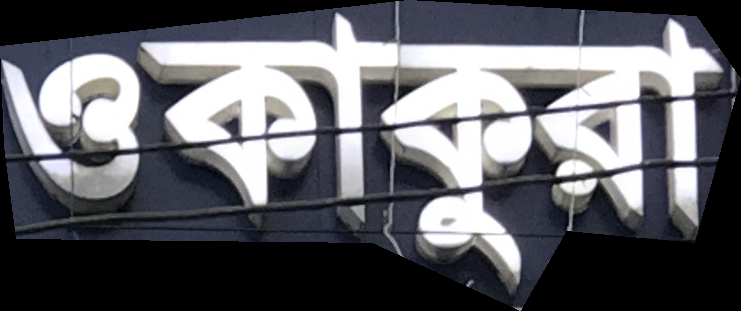
ওকাকুরা